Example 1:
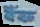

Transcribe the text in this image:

बैंक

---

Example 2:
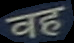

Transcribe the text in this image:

वह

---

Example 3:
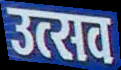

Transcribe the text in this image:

उत्सव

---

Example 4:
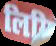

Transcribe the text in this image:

लिमि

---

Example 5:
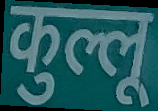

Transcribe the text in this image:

कुल्लू